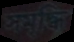
সমৃদ্ধি